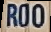
ROO